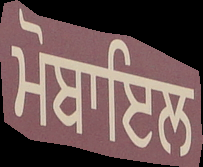
ਮੋਬਾਇਲ